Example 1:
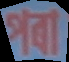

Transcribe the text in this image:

পৰা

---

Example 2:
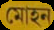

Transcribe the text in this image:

মোহন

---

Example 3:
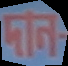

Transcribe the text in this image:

দান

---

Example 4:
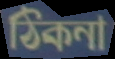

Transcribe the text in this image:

ঠিকনা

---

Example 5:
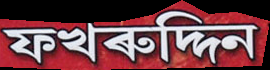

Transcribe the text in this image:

ফখৰুদ্দিন